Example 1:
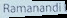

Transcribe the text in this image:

Ramanandi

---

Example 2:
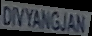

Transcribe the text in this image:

DIVYANGJAN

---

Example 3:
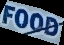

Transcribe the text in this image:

FOOD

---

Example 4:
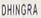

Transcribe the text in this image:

DHINGRA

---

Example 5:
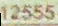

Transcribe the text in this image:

12555